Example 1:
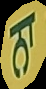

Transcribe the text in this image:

ਨਾ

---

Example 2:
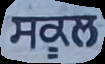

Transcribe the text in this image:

ਸਕੂਲ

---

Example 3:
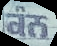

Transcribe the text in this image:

ਕੰਨ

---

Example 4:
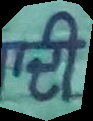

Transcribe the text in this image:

ਦੀ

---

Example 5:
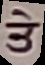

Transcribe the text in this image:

ਤੇ